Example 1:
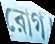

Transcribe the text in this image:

রোগ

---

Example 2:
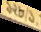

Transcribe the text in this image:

১২৮৷১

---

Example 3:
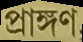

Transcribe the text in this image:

প্রাঙ্গণ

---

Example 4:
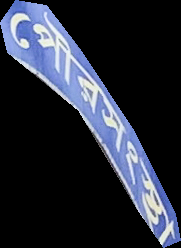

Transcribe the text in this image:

পৌরসংস্থা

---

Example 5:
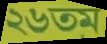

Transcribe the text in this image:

২৬তম